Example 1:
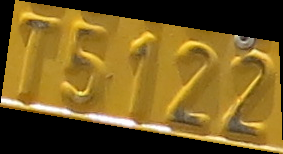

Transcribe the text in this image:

T5122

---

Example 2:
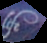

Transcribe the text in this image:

life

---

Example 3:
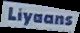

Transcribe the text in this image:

Liyaans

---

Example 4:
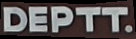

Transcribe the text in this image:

DEPTT.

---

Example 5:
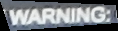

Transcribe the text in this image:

WARNING: